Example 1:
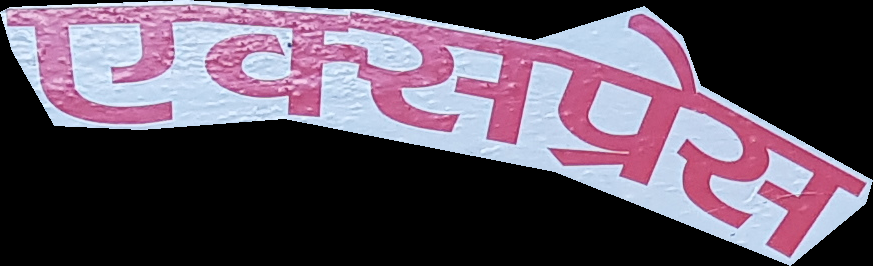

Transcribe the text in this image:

एक्सप्रेस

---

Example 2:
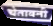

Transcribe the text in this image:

चेतावनी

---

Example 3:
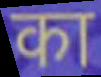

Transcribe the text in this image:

का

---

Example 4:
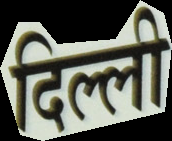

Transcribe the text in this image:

दिल्ली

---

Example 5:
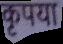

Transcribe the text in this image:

कृपया